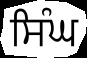
ਸਿੰਘ